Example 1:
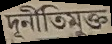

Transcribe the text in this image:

দুর্নীতিমুক্ত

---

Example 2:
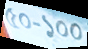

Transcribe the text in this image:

৫০-১০০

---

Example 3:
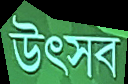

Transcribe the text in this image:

উৎসব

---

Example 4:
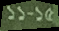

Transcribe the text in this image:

১১-১৫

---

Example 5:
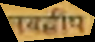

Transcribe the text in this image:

নবদ্বীপ